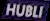
HUBLI